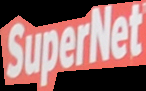
SuperNet